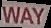
WAY